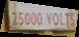
25000VOLTS